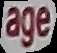
age